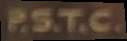
P.S.T.C.